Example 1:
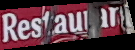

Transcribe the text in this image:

RESTAURANT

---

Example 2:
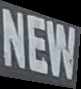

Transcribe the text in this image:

NEW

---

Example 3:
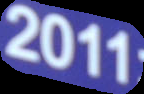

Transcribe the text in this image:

2011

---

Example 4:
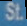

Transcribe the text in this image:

St.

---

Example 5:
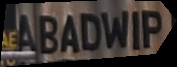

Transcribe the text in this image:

ABADWIP